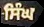
ਸਿੰਘ